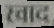
खाद